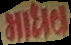
માધવ